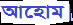
আহোম